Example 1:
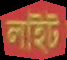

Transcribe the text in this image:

লাইট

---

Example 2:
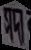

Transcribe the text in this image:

সদ্য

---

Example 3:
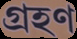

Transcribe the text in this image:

গ্ৰহণ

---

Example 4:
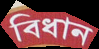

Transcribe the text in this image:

বিধান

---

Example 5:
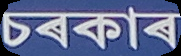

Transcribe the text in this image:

চৰকাৰ